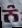
ਨੰ: